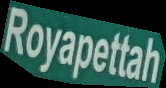
Royapettah